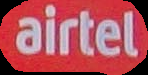
airtel